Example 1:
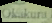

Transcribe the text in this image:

Okakura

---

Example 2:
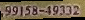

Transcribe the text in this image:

99158-49332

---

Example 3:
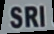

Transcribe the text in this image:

SRI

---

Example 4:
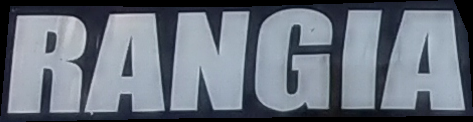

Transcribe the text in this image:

RANGIA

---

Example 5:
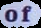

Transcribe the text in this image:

of